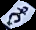
ਨੈ